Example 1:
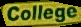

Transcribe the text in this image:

College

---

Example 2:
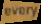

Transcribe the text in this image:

every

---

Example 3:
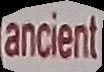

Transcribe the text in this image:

ancient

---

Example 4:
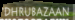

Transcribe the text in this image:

DHRUBAZAAN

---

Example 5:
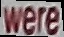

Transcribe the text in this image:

were